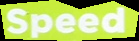
Speed